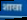
शाखा